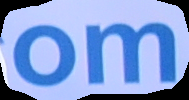
om